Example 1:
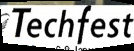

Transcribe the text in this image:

Techfest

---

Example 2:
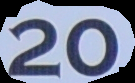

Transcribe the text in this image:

20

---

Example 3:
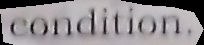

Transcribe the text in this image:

condition.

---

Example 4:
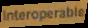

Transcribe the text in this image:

interoperable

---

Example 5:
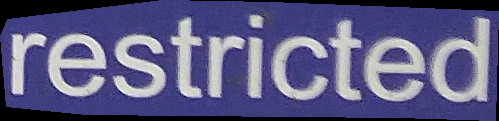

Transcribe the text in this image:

restricted